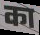
का